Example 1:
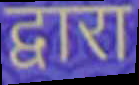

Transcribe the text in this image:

द्वारा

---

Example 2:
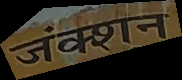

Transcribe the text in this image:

जंक्शन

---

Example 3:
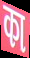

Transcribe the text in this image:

का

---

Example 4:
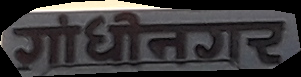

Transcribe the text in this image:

गांधीनगर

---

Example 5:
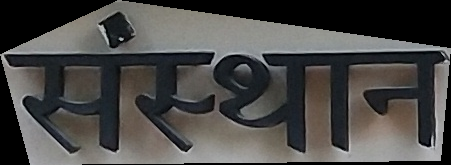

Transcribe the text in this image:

संस्थान